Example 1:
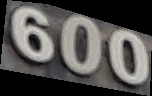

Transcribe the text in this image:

600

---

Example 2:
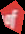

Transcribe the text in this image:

of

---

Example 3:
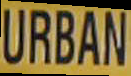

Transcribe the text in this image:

URBAN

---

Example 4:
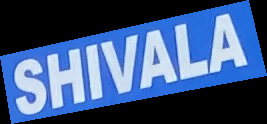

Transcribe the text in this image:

SHIVALA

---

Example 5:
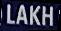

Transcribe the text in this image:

LAKH